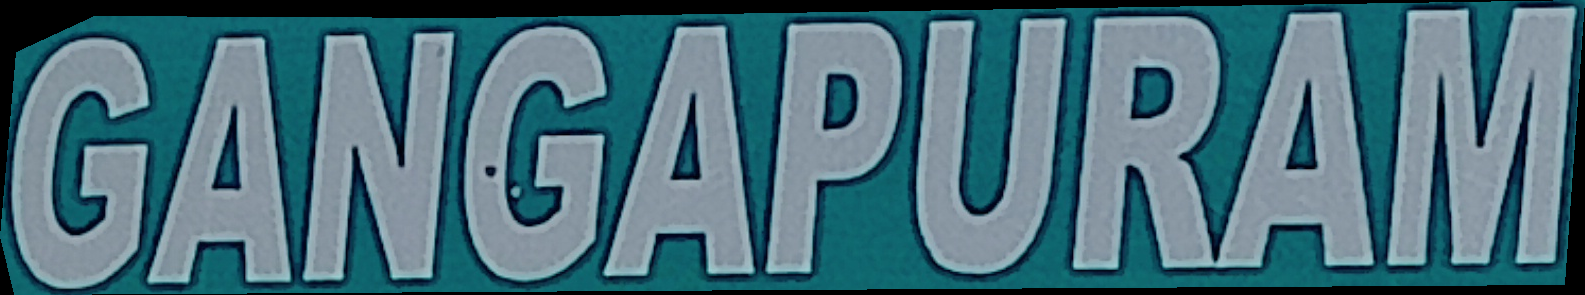
GANGAPURAM